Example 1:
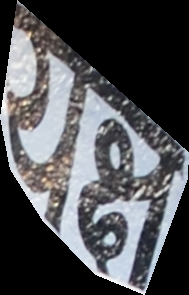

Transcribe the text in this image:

यक्ष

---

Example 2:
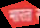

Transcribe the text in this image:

भारत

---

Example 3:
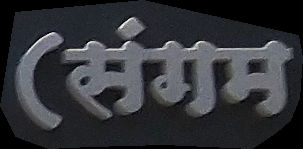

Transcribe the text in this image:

(संगम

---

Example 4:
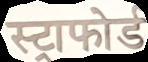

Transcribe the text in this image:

स्ट्राफोर्ड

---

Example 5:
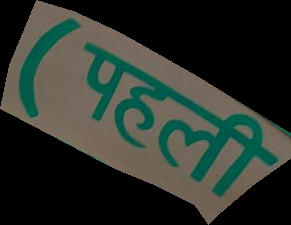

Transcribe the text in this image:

(पहली